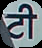
ਟੀ